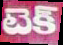
టెక్